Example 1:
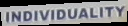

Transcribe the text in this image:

INDIVIDUALITY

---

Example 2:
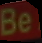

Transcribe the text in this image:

Be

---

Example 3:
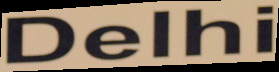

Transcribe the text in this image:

Delhi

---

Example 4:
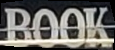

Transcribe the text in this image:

BOOK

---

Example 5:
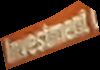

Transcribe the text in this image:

Investment